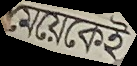
মেয়েরই